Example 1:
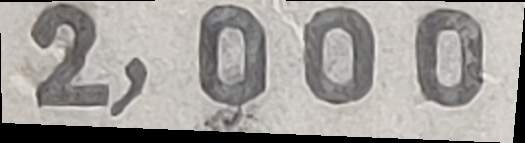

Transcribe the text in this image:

2,000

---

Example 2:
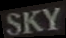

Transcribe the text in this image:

SKY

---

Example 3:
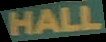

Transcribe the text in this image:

HALL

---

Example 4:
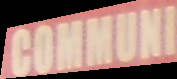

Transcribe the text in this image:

COMMUNI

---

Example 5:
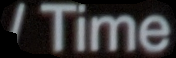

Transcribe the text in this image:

/Time